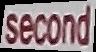
second